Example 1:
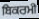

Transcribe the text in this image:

ਬਿਕਰਮੀ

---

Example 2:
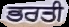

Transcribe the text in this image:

ਭਰਤੀ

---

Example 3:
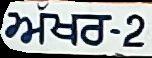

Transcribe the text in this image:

ਅੱਖਰ-2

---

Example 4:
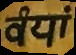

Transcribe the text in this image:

ਕੰਧਾਂ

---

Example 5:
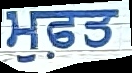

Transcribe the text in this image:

ਮੁਫਤ